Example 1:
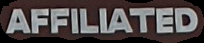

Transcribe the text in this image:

AFFILIATED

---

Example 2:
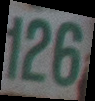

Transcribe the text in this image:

126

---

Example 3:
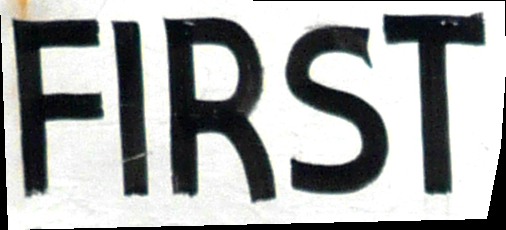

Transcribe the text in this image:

FIRST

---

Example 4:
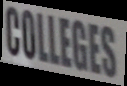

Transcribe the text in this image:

COLLEGES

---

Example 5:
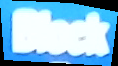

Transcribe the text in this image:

Block